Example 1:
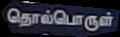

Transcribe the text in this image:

தொல்பொருள்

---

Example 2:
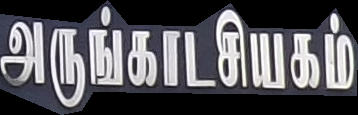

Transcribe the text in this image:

அருங்காடசியகம்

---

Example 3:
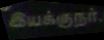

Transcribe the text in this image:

இயக்குநர்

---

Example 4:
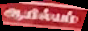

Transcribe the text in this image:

ஆயில்யம்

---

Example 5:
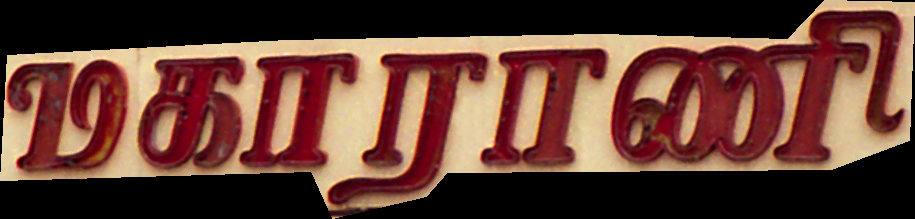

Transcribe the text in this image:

மகாராணி